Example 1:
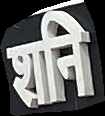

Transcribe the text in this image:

शनि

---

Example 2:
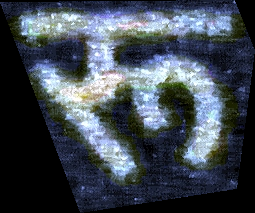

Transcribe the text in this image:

रू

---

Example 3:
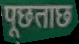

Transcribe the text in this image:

पूछताछ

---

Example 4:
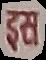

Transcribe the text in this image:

इस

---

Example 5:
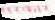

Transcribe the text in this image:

सरकार